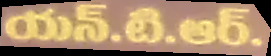
యన్.టి.ఆర్.